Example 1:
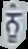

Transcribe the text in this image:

ਨੂੰ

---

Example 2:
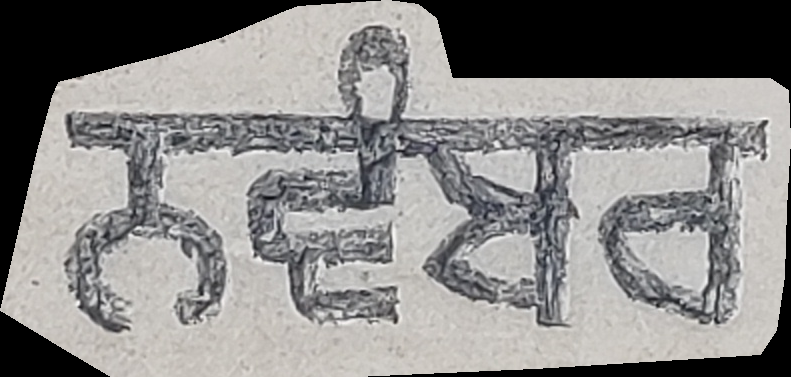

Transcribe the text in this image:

ਨਵੰਬਰ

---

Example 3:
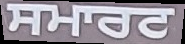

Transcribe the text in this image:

ਸਮਾਰਟ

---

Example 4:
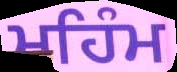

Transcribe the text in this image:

ਮਹਿੰਮ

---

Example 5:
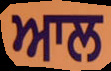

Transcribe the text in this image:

ਆਲ